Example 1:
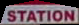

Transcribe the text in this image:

STATION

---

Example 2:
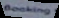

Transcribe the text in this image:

Booking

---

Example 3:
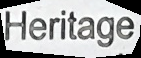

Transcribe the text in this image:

Heritage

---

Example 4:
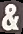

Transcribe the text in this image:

&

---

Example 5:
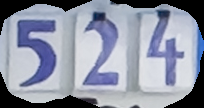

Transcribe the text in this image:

524